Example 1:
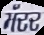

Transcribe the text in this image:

ਸੱਦਦ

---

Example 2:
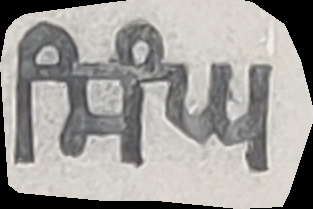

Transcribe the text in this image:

ਸਿੰਘ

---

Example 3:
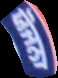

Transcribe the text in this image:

ਯੋਜਨਾ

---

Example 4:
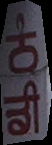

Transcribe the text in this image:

ਠੰਡੀ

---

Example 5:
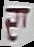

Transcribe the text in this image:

ਦਾ